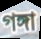
গঙ্গা